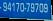
94170-79709